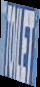
TOILET